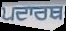
ਪਦਾਰਥ